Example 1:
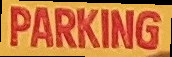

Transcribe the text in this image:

PARKING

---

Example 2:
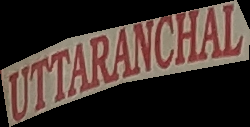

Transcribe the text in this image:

UTTARANCHAL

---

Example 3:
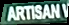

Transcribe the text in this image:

ARTISAN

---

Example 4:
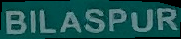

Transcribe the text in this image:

BILASPUR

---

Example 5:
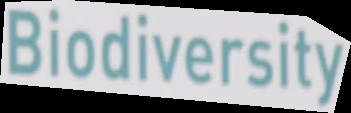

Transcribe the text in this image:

Biodiversity